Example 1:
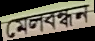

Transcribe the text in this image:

মেলবন্ধন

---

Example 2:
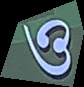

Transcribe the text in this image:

ও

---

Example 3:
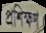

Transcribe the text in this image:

প্রশিক্ষণ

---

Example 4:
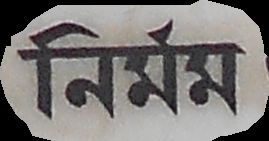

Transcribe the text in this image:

নির্মম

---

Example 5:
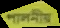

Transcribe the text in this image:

মাননীয়া